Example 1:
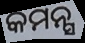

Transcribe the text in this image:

କମନ୍ସ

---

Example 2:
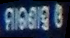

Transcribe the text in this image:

ମାରଣାସ୍ତ୍ର ଓ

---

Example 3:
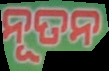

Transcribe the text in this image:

ନୂତନ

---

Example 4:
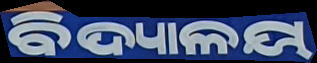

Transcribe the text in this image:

ବିଦ୍ୟାଳୟ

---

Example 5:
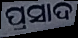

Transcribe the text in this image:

ପ୍ରସାଦ